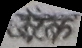
अटक